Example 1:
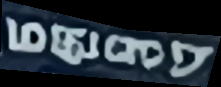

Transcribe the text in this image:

மதுஸர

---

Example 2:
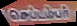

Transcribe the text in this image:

செப்டம்பா்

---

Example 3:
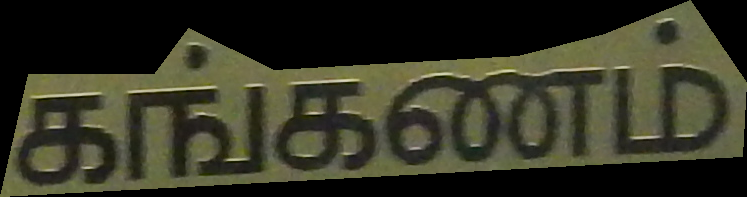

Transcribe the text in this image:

கங்கணம்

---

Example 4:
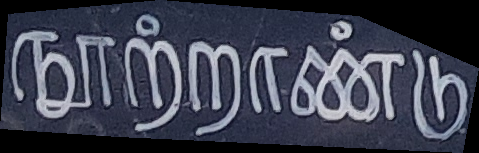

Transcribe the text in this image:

நூற்றாண்டு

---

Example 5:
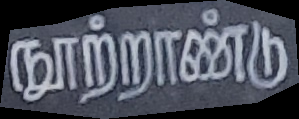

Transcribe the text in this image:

நூற்றாண்டு